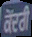
ਕੇਂਦਰੀ